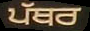
ਪੱਥਰ